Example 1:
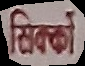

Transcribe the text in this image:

सिक्कों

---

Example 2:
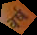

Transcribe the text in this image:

वर्ष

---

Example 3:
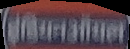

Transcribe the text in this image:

इंडियन ऑयल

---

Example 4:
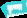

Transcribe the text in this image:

कृष्णा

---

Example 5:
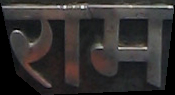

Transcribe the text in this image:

राम